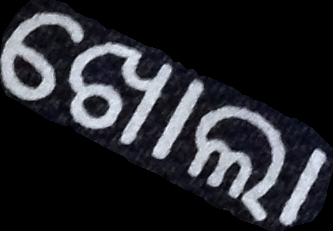
ଖୋଲା